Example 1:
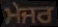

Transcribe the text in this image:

ਮੇਜਰ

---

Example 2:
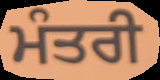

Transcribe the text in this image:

ਮੰਤਰੀ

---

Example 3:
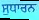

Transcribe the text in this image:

ਸੁਧਾਰਨ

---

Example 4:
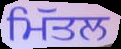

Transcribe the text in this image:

ਮਿੱਤਲ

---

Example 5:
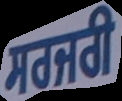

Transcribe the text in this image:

ਸਰਜਰੀ